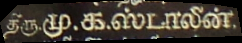
திரு.மு.க.ஸ்டாலின்.